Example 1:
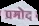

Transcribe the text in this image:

प्रमोद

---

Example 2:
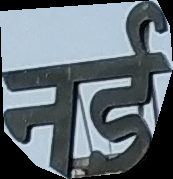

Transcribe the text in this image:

नई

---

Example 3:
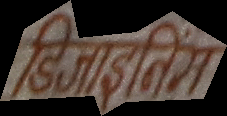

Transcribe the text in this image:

डिजाइनिंग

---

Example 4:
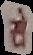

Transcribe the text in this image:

से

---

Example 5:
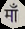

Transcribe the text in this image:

माँ